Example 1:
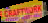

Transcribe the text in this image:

CRAFTWORK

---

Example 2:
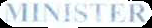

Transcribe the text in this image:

MINISTER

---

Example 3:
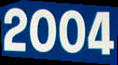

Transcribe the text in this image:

2004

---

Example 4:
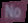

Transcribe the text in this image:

No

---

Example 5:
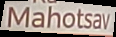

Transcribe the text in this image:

Mahotsav